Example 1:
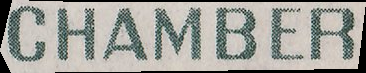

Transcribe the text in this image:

CHAMBER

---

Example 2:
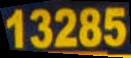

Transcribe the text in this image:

13285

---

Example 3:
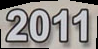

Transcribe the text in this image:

2011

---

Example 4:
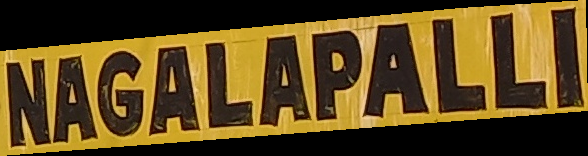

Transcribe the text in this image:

NAGALAPALLI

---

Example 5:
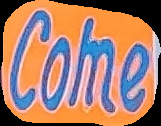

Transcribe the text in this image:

Come